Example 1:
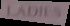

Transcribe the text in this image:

LADIES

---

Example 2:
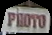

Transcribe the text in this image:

PHOTO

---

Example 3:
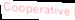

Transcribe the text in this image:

Cooperative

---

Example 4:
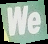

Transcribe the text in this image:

We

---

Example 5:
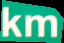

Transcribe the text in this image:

km